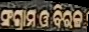
ସଂଗ୍ରାମ ଓ ବରଳ